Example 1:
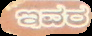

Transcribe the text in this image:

ಇವರ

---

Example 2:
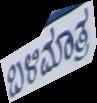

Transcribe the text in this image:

ಬಳಿಮಾತ್ರ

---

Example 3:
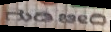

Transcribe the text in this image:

ಗುಡಿ ಆೕದಿ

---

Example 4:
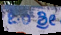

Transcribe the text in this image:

ಓಂಶ್ರೀ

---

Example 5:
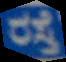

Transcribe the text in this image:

ರಸ್ತ